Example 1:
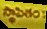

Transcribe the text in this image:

స్థాపితం:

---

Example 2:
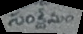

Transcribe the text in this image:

సంక్షీమం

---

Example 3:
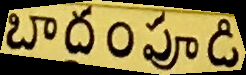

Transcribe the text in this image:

బాదంపూడి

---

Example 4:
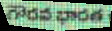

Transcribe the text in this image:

గౌరవ భారత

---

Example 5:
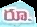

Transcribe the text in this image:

రూ.